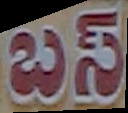
బస్